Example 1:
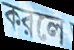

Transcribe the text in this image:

করলে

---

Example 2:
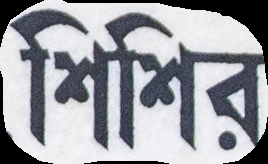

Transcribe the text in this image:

শিশির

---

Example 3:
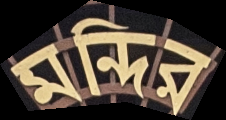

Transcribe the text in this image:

মন্দির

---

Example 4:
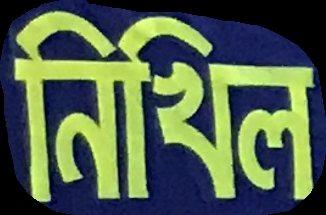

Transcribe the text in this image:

নিখিল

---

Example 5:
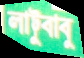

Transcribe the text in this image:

লাটুবাবু